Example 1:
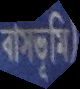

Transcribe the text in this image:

বাসভূমি)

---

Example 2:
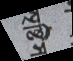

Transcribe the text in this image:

সৃষ্টিস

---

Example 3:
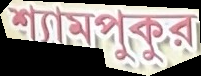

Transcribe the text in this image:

শ্যামপুকুর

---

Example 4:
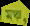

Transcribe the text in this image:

মঞ্চ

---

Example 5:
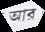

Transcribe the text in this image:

আর